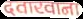
दवाखाना